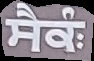
ਸੈਕੰ: